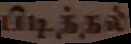
பிடித்தல்